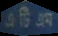
এ টি এম